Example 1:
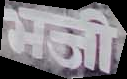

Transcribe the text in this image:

भजी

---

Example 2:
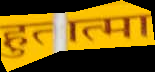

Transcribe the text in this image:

हुतात्मा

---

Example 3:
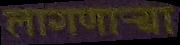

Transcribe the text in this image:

लागणाऱ्या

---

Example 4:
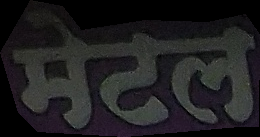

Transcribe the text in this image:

मेटल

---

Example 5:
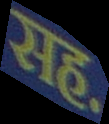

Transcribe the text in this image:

सह.